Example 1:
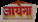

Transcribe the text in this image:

जायेना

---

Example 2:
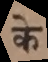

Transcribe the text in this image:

के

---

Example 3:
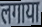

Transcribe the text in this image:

लगाया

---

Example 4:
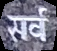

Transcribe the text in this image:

सर्व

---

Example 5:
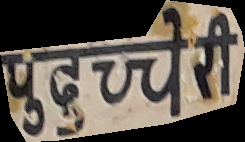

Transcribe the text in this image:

पुदुच्चेरी